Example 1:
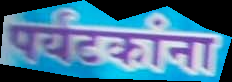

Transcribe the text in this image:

पर्यटकांना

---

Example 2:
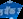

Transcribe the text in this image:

बँक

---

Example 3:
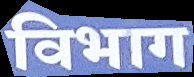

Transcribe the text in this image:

विभाग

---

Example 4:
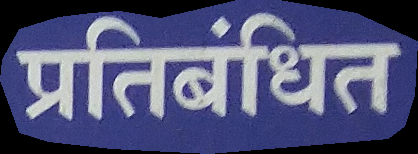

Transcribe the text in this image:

प्रतिबंधित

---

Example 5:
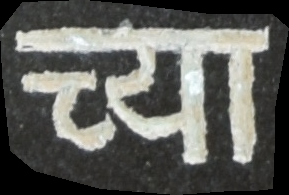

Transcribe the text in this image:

च्या